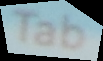
Tab